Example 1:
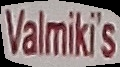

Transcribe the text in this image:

Valmiki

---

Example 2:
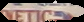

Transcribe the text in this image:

NETIC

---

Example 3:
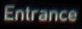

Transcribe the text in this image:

Entrance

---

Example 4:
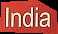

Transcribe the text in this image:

India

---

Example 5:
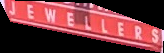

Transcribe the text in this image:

JEWELLERS